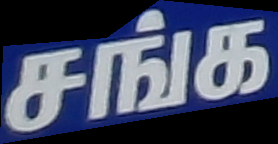
சங்க